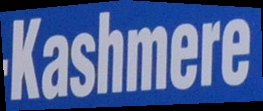
Kashmere